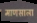
माणसाला